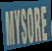
MYSORE